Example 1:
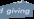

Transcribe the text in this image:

giving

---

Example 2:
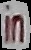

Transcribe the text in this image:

in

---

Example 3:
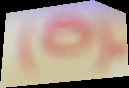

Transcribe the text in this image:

(o)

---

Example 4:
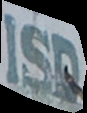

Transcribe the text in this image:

ISD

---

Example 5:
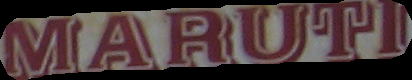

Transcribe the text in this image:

MARUTI